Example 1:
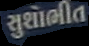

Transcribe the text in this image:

સુશોભીત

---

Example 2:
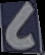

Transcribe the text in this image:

૮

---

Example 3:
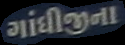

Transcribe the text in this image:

ગાંધીજીના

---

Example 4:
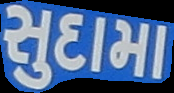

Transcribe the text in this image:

સુદામા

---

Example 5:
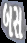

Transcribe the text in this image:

બસ